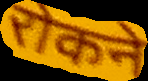
रोकने